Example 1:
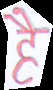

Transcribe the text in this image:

है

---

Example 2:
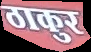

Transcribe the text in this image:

ठाकुर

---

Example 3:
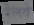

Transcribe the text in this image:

रेलवें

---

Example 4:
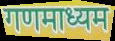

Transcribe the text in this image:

गणमाध्यम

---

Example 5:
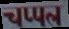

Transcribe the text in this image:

चप्पल